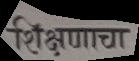
शिक्षणाचा